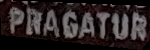
PRAGATUR